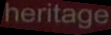
heritage